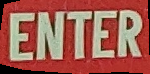
ENTER